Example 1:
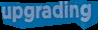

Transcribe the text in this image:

upgrading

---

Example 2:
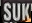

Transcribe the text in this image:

SUK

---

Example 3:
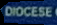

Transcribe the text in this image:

DIOCESE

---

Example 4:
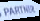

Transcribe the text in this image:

PARTNER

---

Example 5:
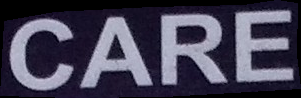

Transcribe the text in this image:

CARE